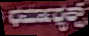
ಧರ್ಮಧ್ವತ್ಯ್